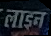
लाइन